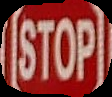
STOP